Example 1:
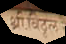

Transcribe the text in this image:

श्री विठ्ठल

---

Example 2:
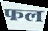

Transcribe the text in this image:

फल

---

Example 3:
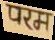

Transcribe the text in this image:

परम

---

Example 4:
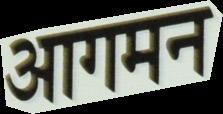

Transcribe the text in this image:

आगमन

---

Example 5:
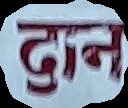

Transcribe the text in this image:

दान